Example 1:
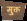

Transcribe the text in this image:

मुक्त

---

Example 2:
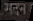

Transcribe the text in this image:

गदन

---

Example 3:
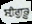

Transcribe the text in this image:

मीडाडु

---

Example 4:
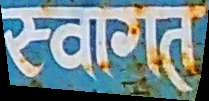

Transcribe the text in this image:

स्वागत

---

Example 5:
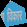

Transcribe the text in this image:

वि‍कार